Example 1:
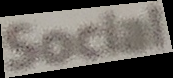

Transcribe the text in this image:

Social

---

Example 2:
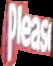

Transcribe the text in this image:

Please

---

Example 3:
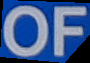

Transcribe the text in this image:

OF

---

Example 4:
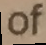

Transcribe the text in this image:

of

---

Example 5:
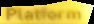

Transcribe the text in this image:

Platform